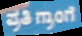
ಪ್ರತಿಗ್ರಾಂಗೆ